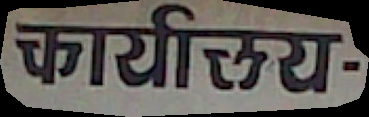
कार्यालय-